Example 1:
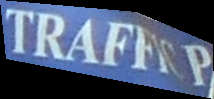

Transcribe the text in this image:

TRAFFIC P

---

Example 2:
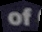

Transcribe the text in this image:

of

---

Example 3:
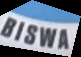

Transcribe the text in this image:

BISWA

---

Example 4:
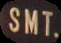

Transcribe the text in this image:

SMT.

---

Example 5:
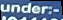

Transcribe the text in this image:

under:-